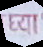
घ्या